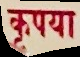
कृपया